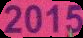
2015